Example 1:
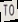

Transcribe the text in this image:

TO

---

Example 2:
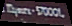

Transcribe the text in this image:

Mysore-570001,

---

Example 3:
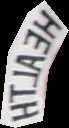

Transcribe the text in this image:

HEALTH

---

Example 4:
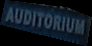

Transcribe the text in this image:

AUDITORIUM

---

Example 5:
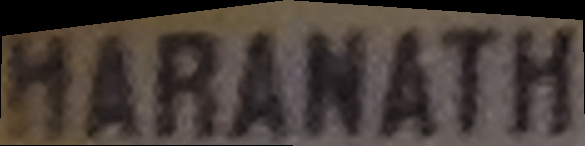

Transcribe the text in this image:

HARANATH